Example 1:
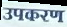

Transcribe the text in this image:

उपकरण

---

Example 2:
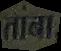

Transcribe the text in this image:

तांबा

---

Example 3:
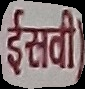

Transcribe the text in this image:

ईसवी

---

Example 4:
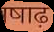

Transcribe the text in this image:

षाढ़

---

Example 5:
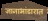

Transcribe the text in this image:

ज्ञानामांडारात